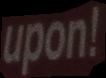
upon!